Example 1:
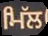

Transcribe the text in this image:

ਮਿੱਲ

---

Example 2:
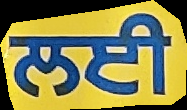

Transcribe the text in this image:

ਲਈ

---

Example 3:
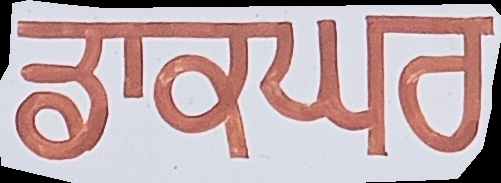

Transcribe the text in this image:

ਡਾਕਘਰ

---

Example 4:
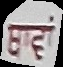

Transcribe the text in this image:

ਥਾਵਾਂ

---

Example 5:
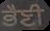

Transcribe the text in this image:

ਭੈਣੀ